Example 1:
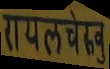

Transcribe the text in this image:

रायलचेरूवु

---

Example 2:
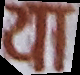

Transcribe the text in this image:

या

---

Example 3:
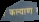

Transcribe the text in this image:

कल्याण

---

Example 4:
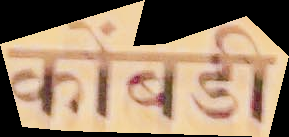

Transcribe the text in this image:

कोंबडी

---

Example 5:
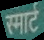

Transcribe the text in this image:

स्मार्ट